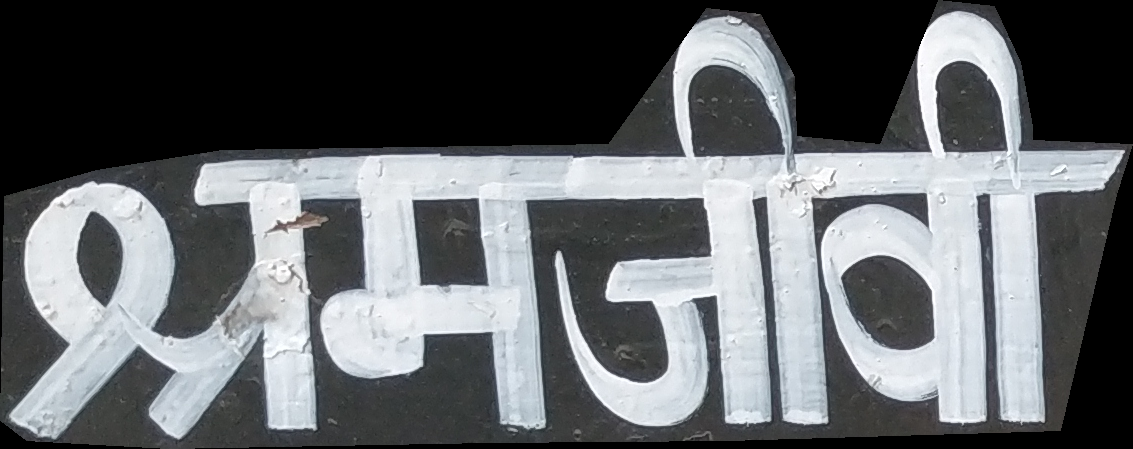
श्रमजीवी